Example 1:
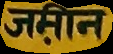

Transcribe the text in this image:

जम़ीन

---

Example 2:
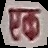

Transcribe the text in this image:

एक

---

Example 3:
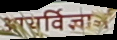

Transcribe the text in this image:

आयुर्विज्ञान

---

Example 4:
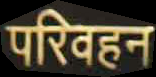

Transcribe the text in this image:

परिवहन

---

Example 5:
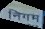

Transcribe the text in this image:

निगम